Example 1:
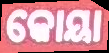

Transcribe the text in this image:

କୋୟା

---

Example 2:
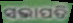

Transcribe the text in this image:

ସଭାପତି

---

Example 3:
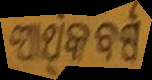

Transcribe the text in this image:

ଆର୍ଥକ ବର୍ଷ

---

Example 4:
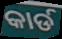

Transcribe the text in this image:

କାର୍ଡ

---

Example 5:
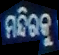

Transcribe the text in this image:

ମନ୍ଦିରକୁ